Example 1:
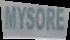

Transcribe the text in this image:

MYSORE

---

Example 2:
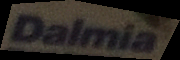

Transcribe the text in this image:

Dalmia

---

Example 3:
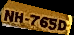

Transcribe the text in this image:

NH-765D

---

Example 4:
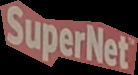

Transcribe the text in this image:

SuperNet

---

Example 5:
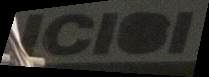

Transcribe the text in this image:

ICICI